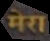
मेरा